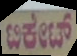
ಟಕೇಟ್